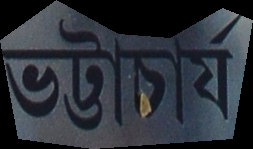
ভট্টাচার্য